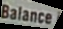
Balance